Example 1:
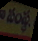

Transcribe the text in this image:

సంస్థ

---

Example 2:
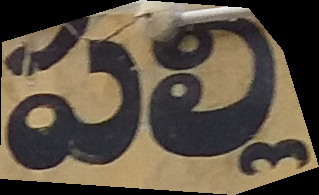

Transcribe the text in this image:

పల్లి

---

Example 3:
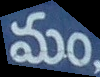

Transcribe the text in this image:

మం,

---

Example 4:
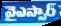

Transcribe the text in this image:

వైఎస్సార్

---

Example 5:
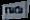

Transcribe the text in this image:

గారు